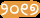
୨୦୧୭